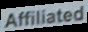
Affiliated